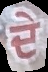
ਦੇ